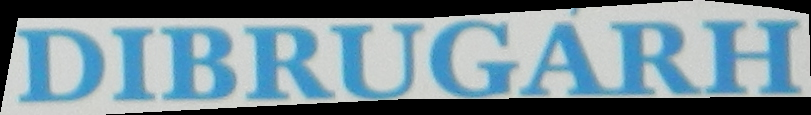
DIBRUGARH